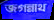
জগন্নাথ